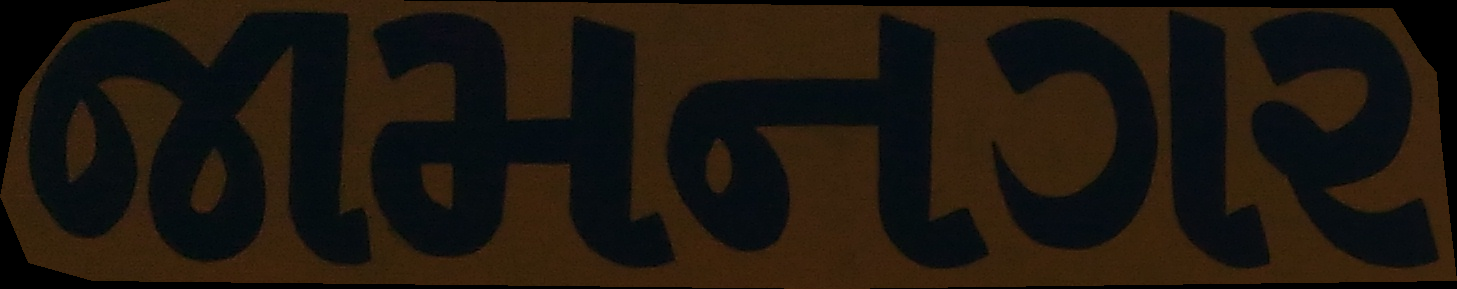
જામનગર